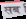
सब